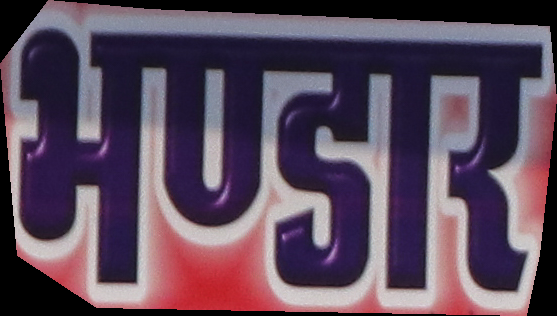
भण्डार